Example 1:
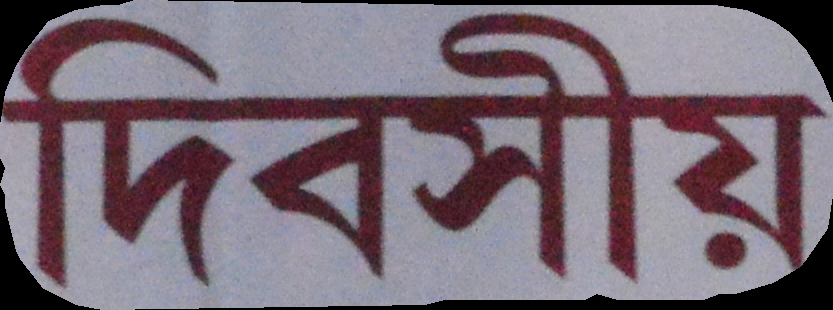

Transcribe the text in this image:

দিবসীয়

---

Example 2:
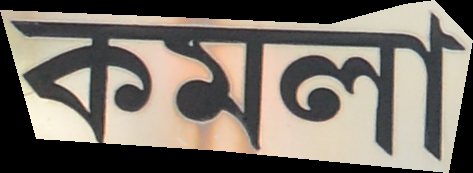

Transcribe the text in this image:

কমলা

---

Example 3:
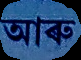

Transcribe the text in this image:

আৰু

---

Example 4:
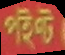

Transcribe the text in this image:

পইণ্ট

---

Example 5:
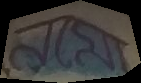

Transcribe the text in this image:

নমো